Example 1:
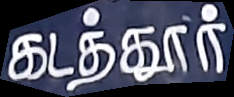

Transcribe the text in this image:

கடத்தூா்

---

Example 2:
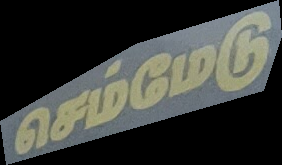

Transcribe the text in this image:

எசம்மேடு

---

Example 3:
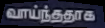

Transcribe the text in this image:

வாய்ந்ததாக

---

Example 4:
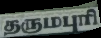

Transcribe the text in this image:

தருமபுரி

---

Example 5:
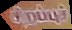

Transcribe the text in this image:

சுத்தம்